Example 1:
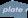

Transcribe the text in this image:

plate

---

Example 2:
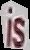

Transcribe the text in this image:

is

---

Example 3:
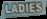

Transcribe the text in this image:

LADIES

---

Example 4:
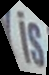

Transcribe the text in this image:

is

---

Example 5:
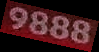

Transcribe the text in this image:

9888